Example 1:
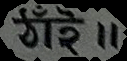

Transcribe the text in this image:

ঠাঁই॥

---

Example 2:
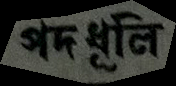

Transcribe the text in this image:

পদ ধূলি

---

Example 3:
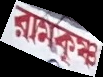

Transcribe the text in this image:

রামকৃষ্ণ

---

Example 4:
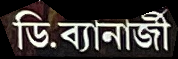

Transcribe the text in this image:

ডি. ব্যানার্জী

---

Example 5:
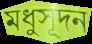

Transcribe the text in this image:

মধুসূদন